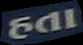
હતા